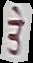
ਤੇ